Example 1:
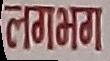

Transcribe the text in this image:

लगभग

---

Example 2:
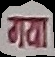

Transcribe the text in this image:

गया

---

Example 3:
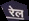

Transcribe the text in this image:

रेल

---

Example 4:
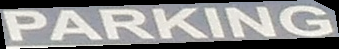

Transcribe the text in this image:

नवारात्त्रात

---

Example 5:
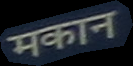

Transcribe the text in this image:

मकान